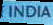
INDIA